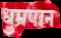
धुम्रपान